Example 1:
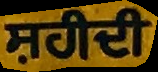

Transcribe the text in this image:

ਸ਼ਹੀਦੀ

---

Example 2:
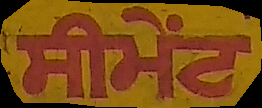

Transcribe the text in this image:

ਸੀਮੇਂਟ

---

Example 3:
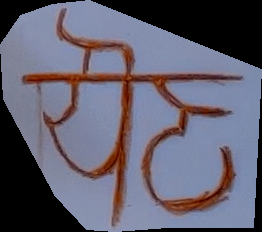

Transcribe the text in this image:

ਧੌਣ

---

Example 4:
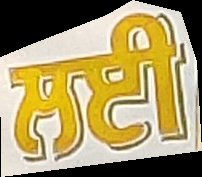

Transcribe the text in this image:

ਲਈ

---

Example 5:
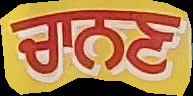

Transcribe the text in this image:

ਚਾਨਣ